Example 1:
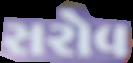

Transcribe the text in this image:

સરૉવ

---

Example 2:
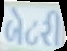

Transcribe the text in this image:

બૅટરી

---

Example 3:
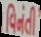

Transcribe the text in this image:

વિનંતી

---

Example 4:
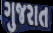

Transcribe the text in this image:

ગુજરાત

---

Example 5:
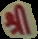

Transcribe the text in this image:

શ્રી